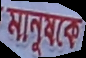
মানুষকে